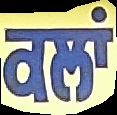
ਕਲਾਂ